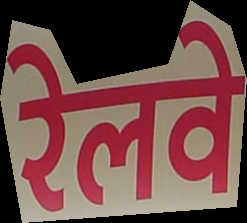
रेलवे